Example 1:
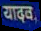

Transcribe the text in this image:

यादव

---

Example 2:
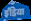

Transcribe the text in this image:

इंडिया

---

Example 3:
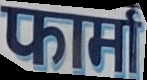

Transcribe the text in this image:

फार्मा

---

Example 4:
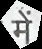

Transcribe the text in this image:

में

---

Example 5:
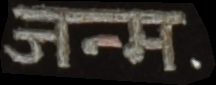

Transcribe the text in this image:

जन्म.